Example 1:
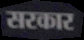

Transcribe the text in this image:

सरकार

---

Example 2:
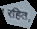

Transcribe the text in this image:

रहि‍त,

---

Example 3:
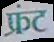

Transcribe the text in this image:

फ्रंट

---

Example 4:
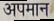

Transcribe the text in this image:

अपमान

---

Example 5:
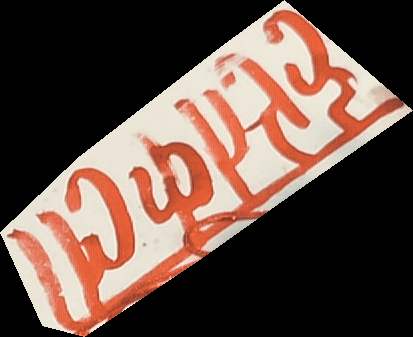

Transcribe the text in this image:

हस्तकला